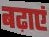
बढ़ाएं